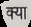
क्या